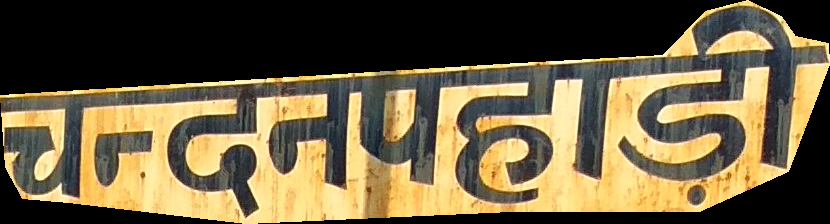
चन्दनपहाड़ी